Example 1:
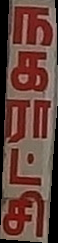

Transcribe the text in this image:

நகராட்சி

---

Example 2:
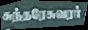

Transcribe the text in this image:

சுந்தரேசுவரா்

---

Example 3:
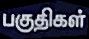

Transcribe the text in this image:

பகுதிகள்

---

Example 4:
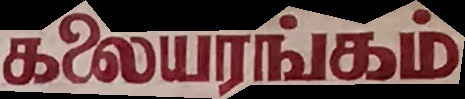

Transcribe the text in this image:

கலேயரங்கம்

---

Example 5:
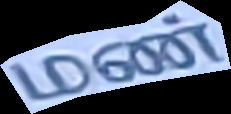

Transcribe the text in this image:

மணஂ